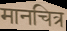
मानचित्र